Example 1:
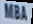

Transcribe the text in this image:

MBA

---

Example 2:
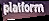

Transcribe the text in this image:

platform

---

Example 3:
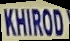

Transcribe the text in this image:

KHIROD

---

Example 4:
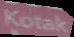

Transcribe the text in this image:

Kotak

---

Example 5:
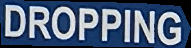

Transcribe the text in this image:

DROPPING